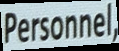
Personnel,